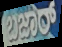
ಬಜಾರ್